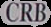
CRB